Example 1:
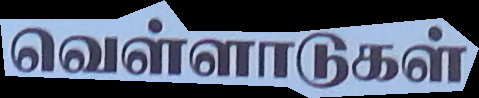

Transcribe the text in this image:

வெள்ளாடுகள்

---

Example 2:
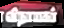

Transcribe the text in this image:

விநாயகா்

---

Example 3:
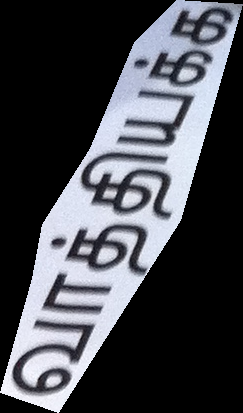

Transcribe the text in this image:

வாத்தியக்க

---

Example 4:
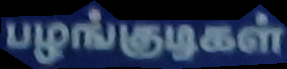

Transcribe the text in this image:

பழங்குடிகள்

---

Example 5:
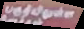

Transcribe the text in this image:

பகுதியிலுள்ள